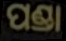
ପଣ୍ଡା